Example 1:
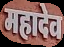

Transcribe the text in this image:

महादेव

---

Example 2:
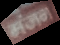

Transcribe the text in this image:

मंजन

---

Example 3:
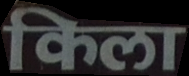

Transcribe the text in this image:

किला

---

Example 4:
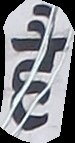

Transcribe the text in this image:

है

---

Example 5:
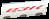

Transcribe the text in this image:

एअर